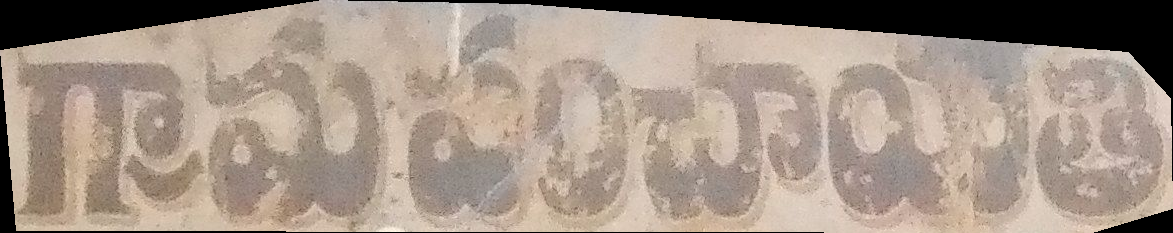
గ్రామ పంచాయితి